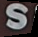
S